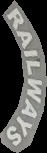
RAILWAYS